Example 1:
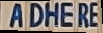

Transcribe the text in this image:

ADHERE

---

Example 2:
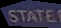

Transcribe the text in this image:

STATE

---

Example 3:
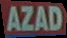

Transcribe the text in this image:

AZAD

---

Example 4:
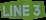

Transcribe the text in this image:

LINE3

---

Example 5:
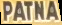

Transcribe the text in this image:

PATNA